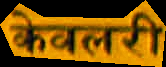
केवलरी